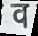
व